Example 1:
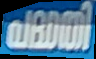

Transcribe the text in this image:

പദ്ധതി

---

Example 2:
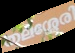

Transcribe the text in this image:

തലശ്ശേരി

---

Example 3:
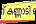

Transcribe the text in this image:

കണ്ണാടി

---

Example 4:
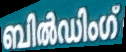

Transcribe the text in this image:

ബിൽഡിംഗ്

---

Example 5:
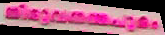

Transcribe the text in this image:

തിരുവനന്തപുരം